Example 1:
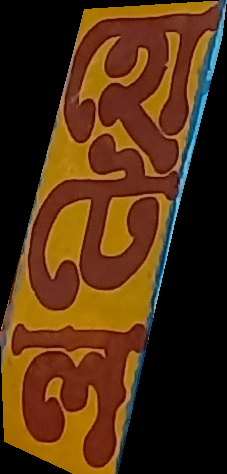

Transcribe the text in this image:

হোটেল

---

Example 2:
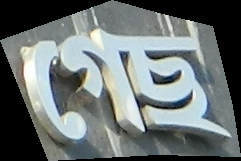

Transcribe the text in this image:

গেছ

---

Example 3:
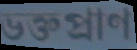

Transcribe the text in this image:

উক্ত প্রাণ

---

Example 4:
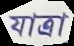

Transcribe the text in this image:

যাত্রা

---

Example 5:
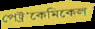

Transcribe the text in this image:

পেট্র কেমিকেল